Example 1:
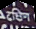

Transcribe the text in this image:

दक्षिण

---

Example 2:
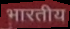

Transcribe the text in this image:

भारतीय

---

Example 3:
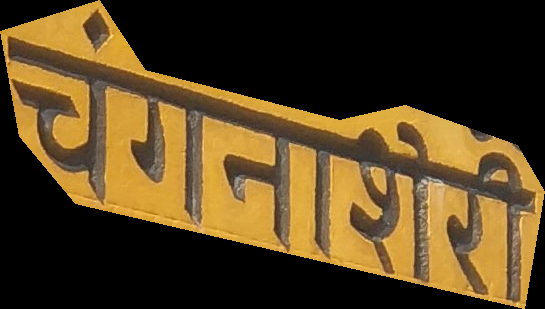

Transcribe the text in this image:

चंगनाशेरी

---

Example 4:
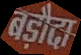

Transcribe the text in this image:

बड़ौदा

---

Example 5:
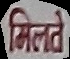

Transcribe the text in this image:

मिलते